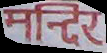
मन्दिर